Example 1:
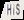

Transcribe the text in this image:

1118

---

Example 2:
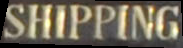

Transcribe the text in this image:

SHIPPING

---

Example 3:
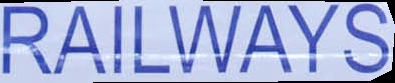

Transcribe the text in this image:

RAILWAYS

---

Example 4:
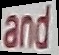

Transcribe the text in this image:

and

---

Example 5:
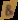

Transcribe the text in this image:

&